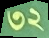
৩২